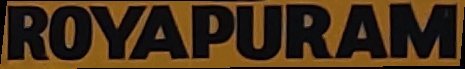
ROYAPURAM